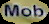
Mob